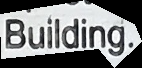
Building.